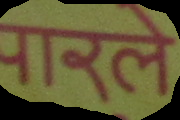
पारले